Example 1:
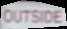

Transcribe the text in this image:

OUTSIDE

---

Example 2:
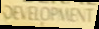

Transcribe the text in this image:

DEVELOPMENT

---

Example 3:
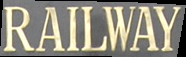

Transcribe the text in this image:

RAILWAY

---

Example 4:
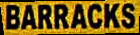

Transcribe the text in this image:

BARRACKS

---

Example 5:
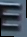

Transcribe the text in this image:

E